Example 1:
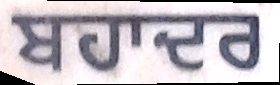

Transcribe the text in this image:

ਬਹਾਦਰ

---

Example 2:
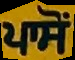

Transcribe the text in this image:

ਪਾਸੋਂ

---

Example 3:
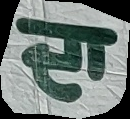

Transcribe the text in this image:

ਦਾ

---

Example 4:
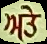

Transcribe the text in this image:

ਅਤੇ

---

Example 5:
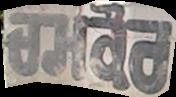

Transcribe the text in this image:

ਹਮਕੌਰ